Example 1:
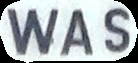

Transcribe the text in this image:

WAS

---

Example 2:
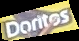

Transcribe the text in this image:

Doritos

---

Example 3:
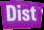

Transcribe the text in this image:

Dist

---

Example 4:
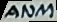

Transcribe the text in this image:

ANM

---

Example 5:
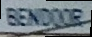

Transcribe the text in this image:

BENDOOR